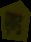
एण्ड